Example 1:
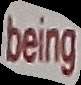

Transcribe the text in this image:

being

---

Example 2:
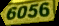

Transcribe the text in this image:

6056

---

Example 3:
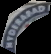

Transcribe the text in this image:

HYDERABAD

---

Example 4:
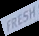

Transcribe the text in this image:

FRESH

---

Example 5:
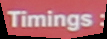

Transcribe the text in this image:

Timings: